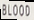
BLOOD